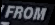
FROM